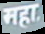
महा.